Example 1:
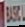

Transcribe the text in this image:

BASIC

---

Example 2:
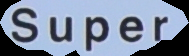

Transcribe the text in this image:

Super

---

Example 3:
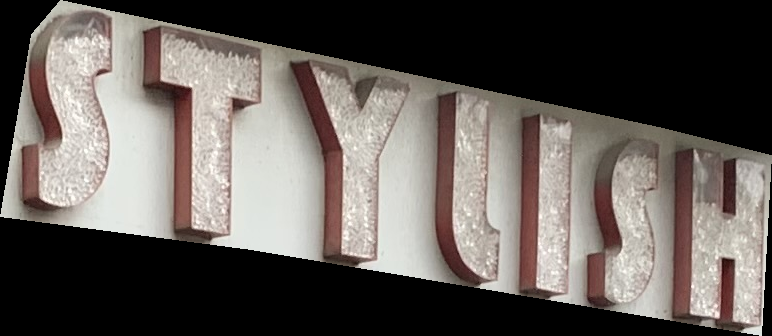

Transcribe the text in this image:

STYLISH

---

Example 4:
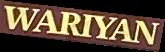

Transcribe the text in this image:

WARIYAN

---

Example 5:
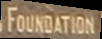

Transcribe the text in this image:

FOUNDATION